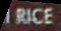
RICE